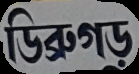
ডিব্রুগড়